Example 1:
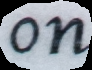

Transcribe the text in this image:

on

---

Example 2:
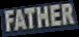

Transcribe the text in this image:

FATHER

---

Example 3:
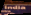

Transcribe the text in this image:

India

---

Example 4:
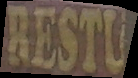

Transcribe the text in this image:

RESTU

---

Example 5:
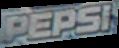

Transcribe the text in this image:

PEPSI